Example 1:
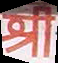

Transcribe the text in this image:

श्री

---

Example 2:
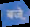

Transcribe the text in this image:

बजे़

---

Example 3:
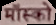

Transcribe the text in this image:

मॉस्को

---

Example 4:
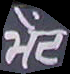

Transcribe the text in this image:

भेंट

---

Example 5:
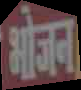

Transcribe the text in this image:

भोजन